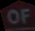
OF